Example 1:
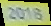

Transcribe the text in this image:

2018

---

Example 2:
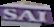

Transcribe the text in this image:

SAI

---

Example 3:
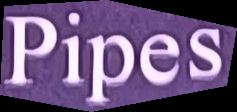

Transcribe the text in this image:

Pipes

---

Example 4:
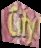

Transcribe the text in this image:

City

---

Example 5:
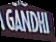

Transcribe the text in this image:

GANDHI